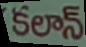
కలాన్